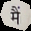
मैं